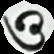
ও